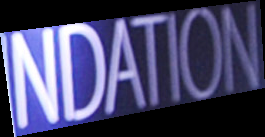
NDATION